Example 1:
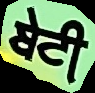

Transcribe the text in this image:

ਬੇਟੀ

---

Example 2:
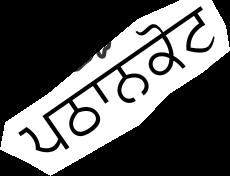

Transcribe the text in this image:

ਪਠਾਨਕੋਟ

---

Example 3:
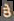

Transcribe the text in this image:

ਤੇ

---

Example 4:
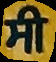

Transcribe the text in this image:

ਸੀ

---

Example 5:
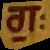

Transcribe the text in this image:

ਗੁ: